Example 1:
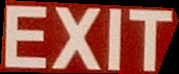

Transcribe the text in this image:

EXIT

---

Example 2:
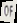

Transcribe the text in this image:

OF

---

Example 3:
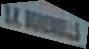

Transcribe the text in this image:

J.K.BOREWELLS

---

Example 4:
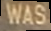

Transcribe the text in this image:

WAS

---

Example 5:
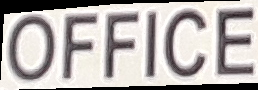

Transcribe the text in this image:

OFFICE